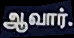
ஆவார்.